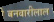
बनवारीलाल